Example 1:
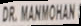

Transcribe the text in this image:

DR.MANMOHAN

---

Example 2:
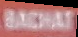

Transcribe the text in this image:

BACHAT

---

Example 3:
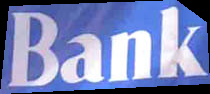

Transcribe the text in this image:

Bank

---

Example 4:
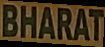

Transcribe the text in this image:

BHARAT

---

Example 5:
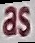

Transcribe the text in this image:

as